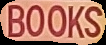
BOOKS